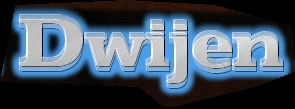
Dwijen